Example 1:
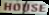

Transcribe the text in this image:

HOUSE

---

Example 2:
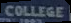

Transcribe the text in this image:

COLLEGE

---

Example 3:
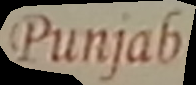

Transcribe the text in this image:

Punjab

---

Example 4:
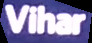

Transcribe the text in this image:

Vihar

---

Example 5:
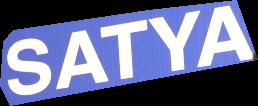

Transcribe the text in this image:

SATYA